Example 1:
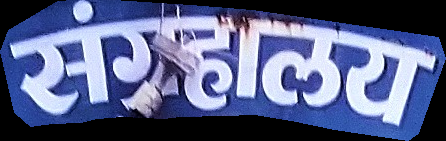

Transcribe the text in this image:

संग्रहालय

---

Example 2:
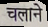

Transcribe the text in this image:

चलाने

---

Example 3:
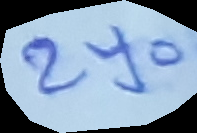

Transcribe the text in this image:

२५०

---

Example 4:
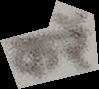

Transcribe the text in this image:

करें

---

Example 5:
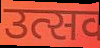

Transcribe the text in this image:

उत्सव